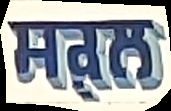
ਸਕੂਲ